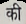
की